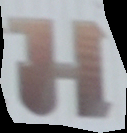
ਮ